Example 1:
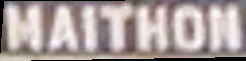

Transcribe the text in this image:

MAITHON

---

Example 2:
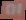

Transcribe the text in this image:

OF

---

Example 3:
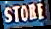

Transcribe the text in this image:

STORE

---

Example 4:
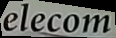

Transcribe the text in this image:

elecom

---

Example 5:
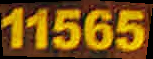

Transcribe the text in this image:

11565